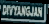
DIVYANGJAN